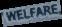
WELFARE